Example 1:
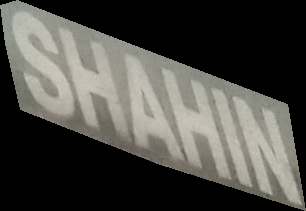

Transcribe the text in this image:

SHAHIN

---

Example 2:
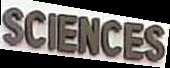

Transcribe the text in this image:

SCIENCES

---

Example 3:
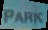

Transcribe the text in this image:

PARK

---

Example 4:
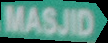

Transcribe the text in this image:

MASJID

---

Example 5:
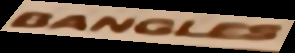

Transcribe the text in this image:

BANGLES